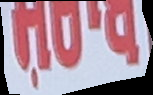
ਸ਼ਰਾਬ